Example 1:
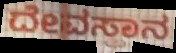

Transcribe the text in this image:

ದೇವಸಾನ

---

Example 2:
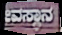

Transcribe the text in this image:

ವಸ್ಥಾನ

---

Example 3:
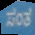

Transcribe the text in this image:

ಸಂತ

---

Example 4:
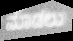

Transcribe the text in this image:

ಮಾಡಲು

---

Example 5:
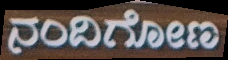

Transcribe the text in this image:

ನಂದಿಗೋಣ